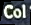
Col